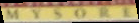
MYSORE